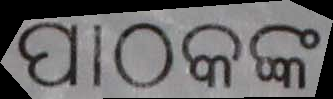
ପାଠକଙ୍କ